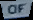
OF